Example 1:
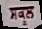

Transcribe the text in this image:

ਸਕ੍ਰੂਲ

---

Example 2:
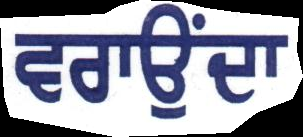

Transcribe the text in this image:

ਵਰਾਉਂਦਾ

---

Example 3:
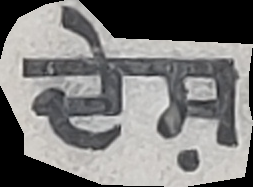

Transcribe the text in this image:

ਦੇਸ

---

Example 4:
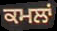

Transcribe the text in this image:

ਕਮਲਾਂ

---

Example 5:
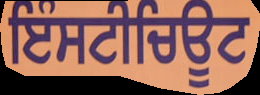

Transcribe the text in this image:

ਇੰਸਟੀਚਿਊਟ